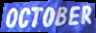
OCTOBER